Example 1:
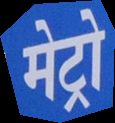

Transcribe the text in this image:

मेट्रो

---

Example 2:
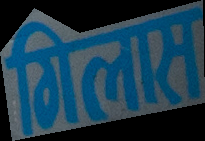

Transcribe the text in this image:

गिलास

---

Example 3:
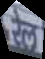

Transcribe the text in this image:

रेल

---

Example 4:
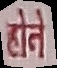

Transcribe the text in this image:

होने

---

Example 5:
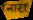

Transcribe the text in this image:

नारा